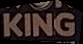
KING